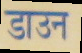
डाउन